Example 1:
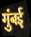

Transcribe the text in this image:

मुंबई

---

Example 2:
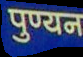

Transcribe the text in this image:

पुण्यन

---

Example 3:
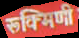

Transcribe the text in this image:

रूक्मिणी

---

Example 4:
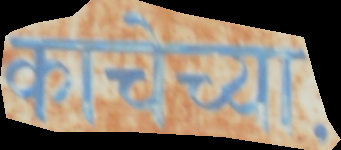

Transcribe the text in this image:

काचेच्या,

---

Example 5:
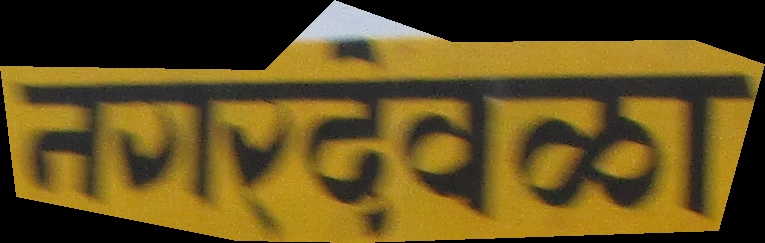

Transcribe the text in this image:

नगरदेवळा